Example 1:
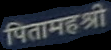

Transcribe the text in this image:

पितामहश्री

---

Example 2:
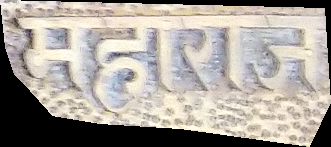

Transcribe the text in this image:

महाराज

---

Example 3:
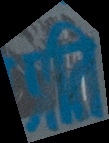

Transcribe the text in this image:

प्रति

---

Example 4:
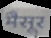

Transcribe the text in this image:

मैसूर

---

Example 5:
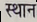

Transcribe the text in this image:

स्थान